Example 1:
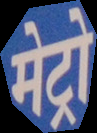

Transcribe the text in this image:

मेट्रो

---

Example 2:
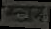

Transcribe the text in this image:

स्टाल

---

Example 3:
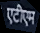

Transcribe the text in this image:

एटीएम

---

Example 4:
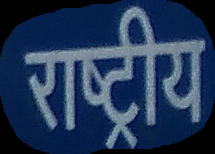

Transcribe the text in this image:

राष्ट्रीय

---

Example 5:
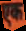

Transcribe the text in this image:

एक